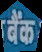
बैंक